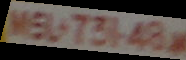
MEL-731-48M